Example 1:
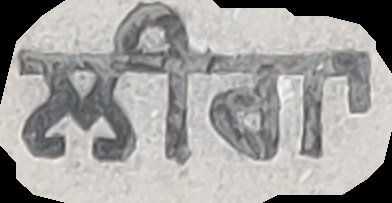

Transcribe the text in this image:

ਲੀਗਾ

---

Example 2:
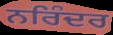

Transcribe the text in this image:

ਨਰਿੰਦਰ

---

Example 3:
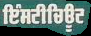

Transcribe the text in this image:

ਇੰਸਟੀਚਿਊਟ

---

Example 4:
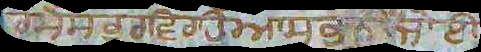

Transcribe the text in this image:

ਰਸੇਸਭਰਵਿਰਹਿਆਸਭਨਜਾਈ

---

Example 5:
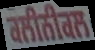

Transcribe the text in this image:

ਕਲੀਨੀਕਲ